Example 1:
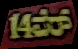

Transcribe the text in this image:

14ವೆರ್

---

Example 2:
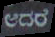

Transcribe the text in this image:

ಆದರೆ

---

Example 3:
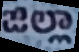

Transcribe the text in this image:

ಜಿಲ್ಲಾ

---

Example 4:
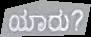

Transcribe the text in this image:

ಯಾರು?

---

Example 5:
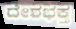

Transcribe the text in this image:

ದೇಶಭಕ್ತ